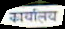
कार्यालय